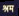
श्रम